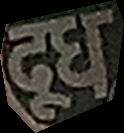
दूध